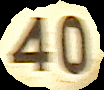
40